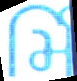
ર્મિ